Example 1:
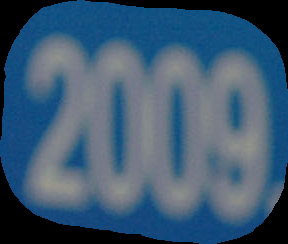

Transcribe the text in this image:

2009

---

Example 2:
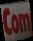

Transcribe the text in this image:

Com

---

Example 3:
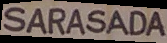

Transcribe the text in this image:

SARASADA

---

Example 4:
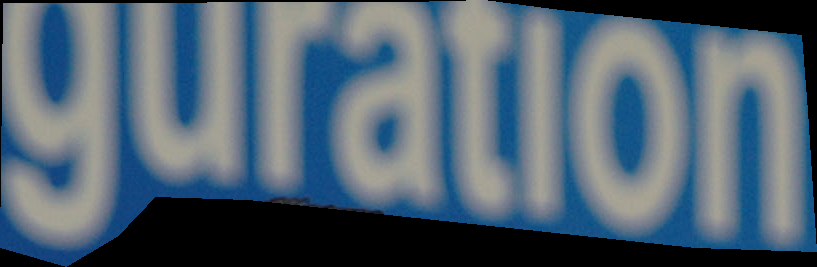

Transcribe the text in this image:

guration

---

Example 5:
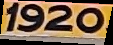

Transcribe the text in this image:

1920